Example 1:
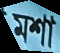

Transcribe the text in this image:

মশা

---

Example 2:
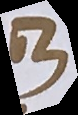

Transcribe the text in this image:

ও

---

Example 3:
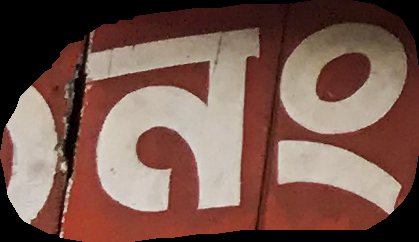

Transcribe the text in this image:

নং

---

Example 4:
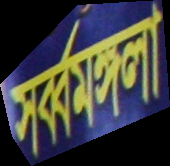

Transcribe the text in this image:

সর্ব্বমঙ্গলা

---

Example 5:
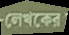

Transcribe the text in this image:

লেখকের